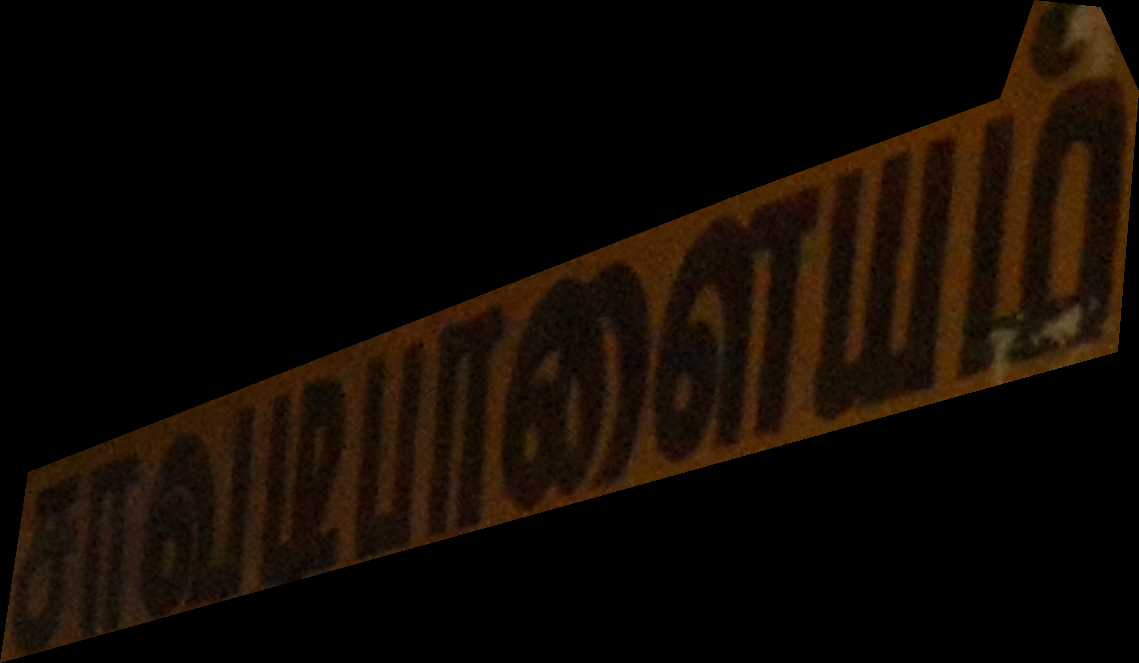
சாவமபாளையம்